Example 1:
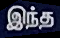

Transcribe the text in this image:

இந்த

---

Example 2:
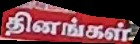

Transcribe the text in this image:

தினங்கள்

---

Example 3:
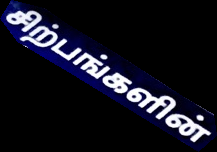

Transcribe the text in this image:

சிற்பங்களின்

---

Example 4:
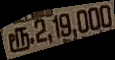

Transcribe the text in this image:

ரூ.2,19,000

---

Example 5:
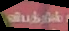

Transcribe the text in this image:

விபத்தில்